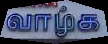
வாழ்க